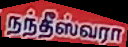
நந்தீஸ்வரா